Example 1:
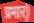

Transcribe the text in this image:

प्रभार)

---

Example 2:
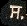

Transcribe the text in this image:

म.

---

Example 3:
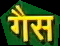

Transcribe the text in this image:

गैस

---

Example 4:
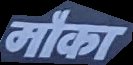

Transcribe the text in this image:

मौका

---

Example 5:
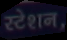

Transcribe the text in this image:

स्टेशन,